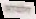
आयोग